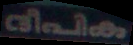
ദീപിക